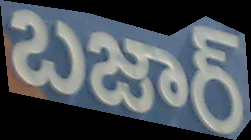
బజార్